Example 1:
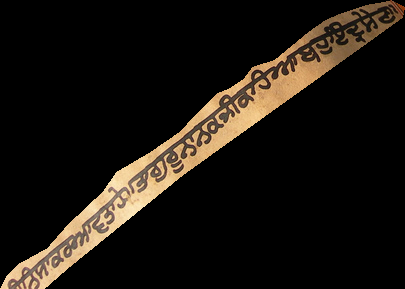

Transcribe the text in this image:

ਨਿਸਾਕਰਆਵਤਾਹੇ॥ਭਾਗੁਰੂਨਾਨਕਜੀਕਹਿਆਬਹੁਇਦੁਸੈਣ॥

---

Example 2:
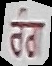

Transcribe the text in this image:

ਰੰਗ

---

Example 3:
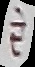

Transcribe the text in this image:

ਦੇ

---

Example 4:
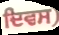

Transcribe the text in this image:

ਦਿਵਸ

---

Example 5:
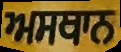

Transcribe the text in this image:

ਅਸਥਾਨ